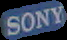
SONY